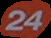
24